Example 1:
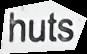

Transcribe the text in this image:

huts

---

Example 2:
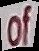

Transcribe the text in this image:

of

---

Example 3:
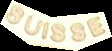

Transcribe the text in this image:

SUISSE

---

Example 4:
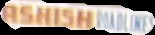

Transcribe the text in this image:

ASHISHMADLINE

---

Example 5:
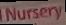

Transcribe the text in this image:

Nursery